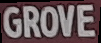
GROVE